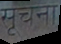
सूचना